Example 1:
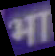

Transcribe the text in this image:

भा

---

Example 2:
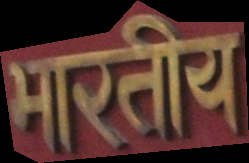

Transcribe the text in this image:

भारतीय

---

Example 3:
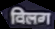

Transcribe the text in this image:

विलग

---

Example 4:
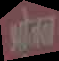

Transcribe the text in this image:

भोजन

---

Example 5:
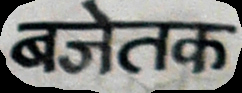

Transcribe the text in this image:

बजेतक